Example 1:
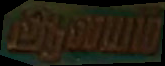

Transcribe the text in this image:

ஆலய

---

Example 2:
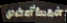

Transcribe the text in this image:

முன்னிலகள்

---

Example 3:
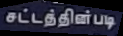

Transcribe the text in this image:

சட்டத்தின்படி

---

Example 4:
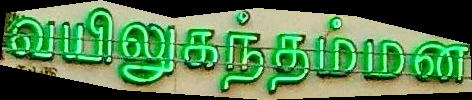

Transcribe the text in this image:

வயிலுகந்தம்மன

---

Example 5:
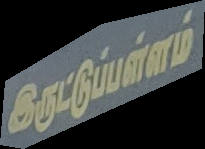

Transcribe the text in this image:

இருட்டுப்பள்ளம்